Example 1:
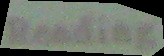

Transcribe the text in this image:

Reading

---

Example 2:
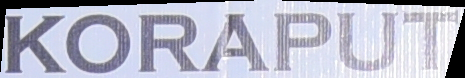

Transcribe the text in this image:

KORAPUT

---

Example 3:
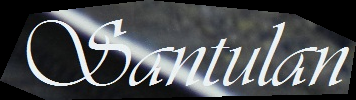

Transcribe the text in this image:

Santulan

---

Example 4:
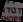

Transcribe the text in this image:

TOT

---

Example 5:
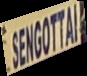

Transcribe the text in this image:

SENGOTTAI